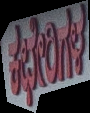
ಕಛೇರಿಗಳ